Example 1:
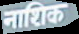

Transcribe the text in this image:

नाशिक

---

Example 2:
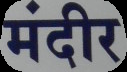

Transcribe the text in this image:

मंदीर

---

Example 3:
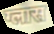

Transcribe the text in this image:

ग्लास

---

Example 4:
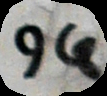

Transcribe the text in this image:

१५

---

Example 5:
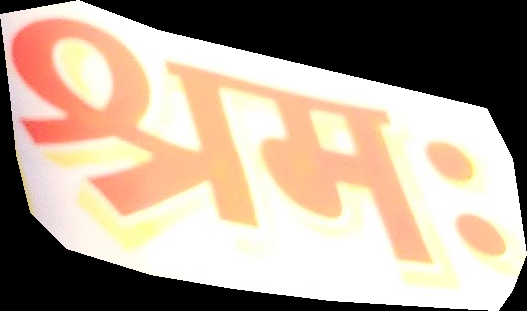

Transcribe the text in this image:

श्रमः